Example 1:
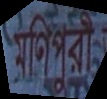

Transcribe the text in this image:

মণিপুরী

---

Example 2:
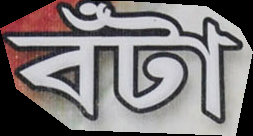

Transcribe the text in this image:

বঁটা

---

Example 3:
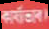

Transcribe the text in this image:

কার্য্যভাব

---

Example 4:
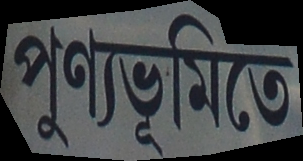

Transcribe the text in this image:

পুণ্যভূমিতে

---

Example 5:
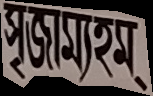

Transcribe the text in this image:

সৃজাম্যহম্